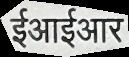
ईआईआर